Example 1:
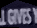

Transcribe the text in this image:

LGIVESY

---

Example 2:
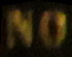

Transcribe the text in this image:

NO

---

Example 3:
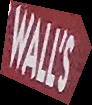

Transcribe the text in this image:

WALL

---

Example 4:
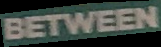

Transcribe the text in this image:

BETWEEN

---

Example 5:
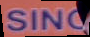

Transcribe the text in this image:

SING